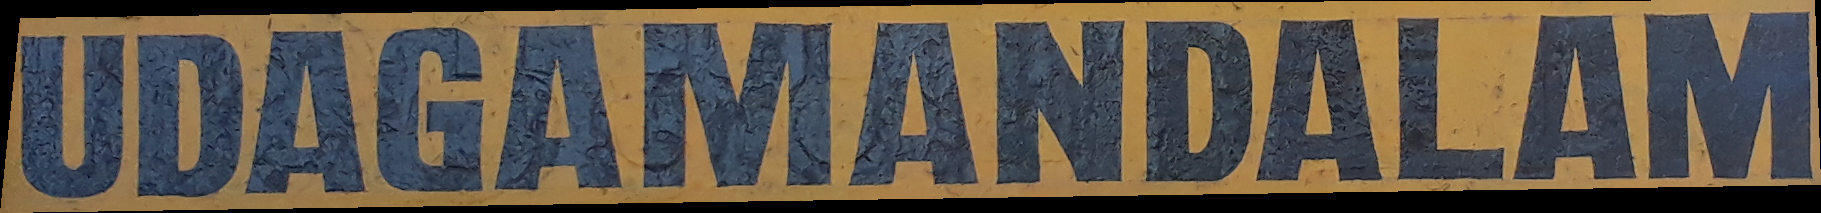
UDAGAMANDALAM